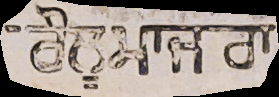
ਰੰਨੂਮਾਜਰਾ